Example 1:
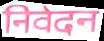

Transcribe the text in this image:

निवेदन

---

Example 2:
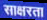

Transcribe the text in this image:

साक्षरता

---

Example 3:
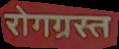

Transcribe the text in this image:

रोगग्रस्त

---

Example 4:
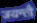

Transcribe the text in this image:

जयन्ती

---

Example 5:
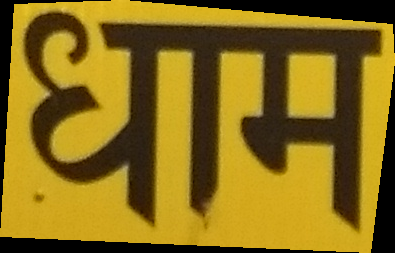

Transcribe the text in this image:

धाम